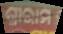
ଶ୍ରୀରାମ